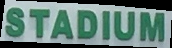
STADIUM